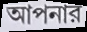
আপনার